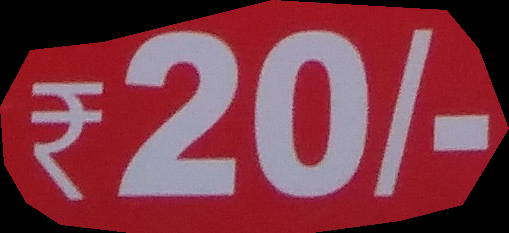
₹20/-